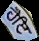
ਹੋਇ